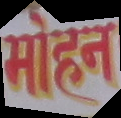
मोहन